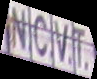
NCVT.